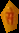
सेे